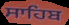
ਸਾਹਿਬ